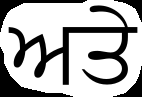
ਅਤੇ